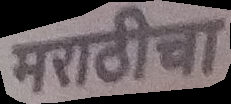
मराठीचा